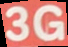
3G